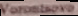
Vorontsovo